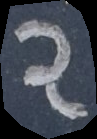
२